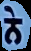
ਨੇ